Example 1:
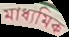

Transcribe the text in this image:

মাধ্যমিক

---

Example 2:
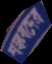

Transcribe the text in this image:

শঙ্কৰদেৱ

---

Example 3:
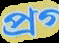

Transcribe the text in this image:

প্ৰগ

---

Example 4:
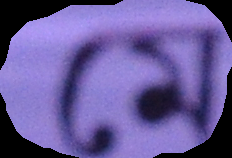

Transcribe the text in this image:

মে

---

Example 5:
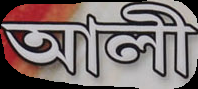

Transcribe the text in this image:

আলী